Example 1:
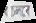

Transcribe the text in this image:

চলবে:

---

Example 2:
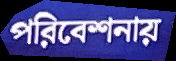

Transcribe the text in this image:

পরিবেশনায়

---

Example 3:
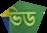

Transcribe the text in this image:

ভিড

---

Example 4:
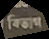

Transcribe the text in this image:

বিভাগ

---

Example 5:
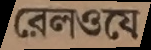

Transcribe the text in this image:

রেলওযে